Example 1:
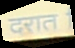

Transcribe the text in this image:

दरात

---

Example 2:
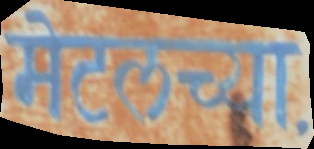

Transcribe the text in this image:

मेटलच्या,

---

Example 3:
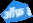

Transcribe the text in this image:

ऑफ्र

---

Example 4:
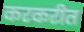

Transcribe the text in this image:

करकरीत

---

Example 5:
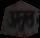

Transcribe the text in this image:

अतुल